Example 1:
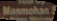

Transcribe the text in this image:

Manmohan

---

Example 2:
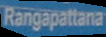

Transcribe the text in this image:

Rangapattana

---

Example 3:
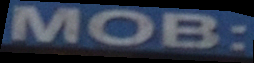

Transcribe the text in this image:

MOB:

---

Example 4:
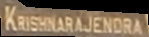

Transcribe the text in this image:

KRISHNARAJENDRA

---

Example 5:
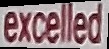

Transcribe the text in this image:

excelled